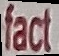
fact